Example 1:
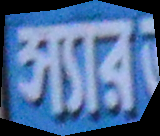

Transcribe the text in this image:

স্যার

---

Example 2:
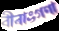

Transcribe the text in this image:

বীনাংগনা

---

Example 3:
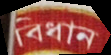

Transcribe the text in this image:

বিধান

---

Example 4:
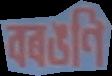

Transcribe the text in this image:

বৰঙণি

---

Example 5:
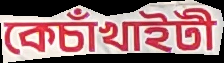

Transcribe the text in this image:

কেচাঁখাইটী